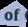
of